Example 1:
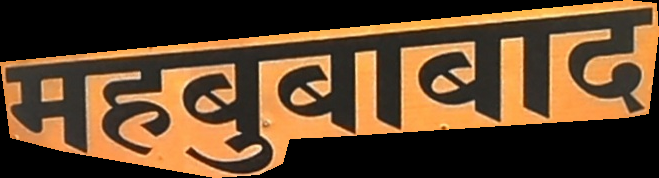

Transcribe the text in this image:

महबुबाबाद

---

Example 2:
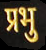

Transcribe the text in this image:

प्रभु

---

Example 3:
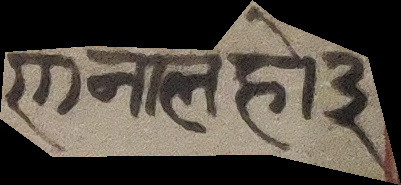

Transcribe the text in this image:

एानालहो३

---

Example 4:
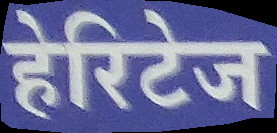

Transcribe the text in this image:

हेरिटेज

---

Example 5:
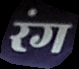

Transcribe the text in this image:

रंग